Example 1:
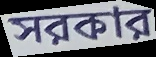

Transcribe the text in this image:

সরকার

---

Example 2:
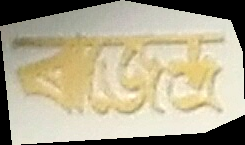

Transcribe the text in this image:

ৰাজেদ্ৰ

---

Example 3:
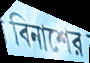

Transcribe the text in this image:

বিনাশের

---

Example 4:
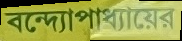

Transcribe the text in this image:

বন্দ্যোপাধ্যায়ের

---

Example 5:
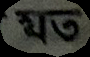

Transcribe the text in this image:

মত